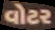
વોટર